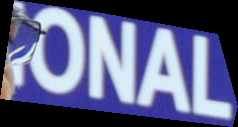
ONAL